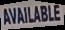
AVAILABLE